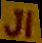
JI